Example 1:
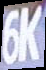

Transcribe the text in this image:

6K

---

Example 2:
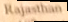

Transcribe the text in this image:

Rajasthan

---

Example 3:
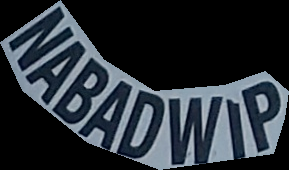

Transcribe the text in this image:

NABADWIP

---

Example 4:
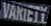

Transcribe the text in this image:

VARIETY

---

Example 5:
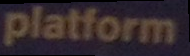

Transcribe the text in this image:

platform